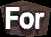
For